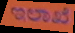
ఇలాజీ